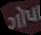
ગોપા